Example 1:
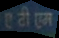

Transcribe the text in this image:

एटीएम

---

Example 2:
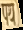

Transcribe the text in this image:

पथ)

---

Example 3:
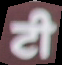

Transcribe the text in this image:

टी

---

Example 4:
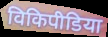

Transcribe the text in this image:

विकिपीडिया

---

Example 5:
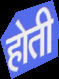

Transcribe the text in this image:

होती